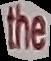
the